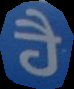
ਹੈ